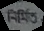
নিৰ্মিত